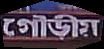
গৌড়ীয়